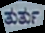
ತುರ್ತು